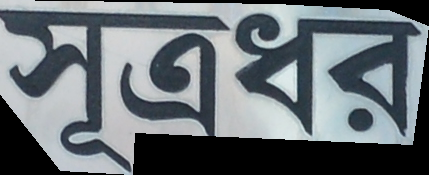
সূত্রধর